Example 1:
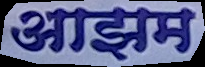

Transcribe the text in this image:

आझम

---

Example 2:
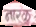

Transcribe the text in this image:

नारळ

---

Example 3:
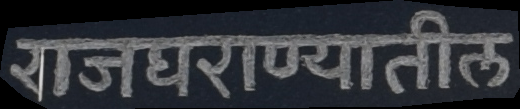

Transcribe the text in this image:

राजघराण्यातील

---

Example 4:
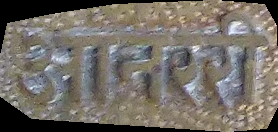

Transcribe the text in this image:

आनररी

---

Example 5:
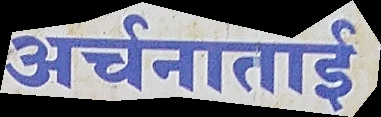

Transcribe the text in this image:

अर्चनाताई